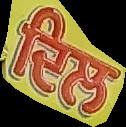
ਦਿਲ